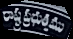
రాష్ట్ర ప్రభుత్వము